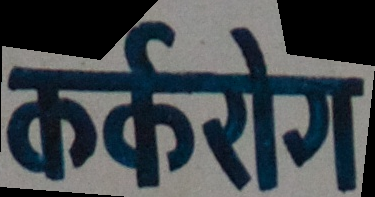
कर्करोग